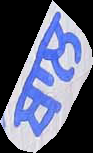
ਬਾਲ